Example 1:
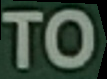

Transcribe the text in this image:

TO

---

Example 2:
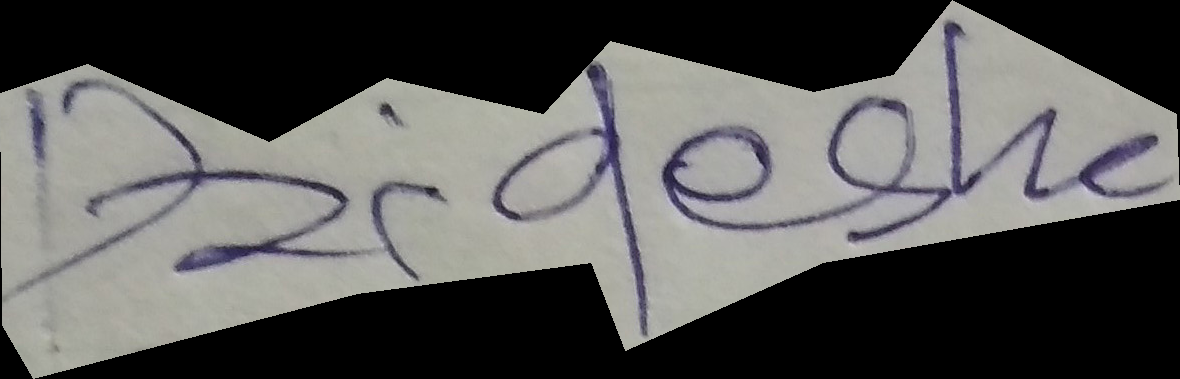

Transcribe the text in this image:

Bideshi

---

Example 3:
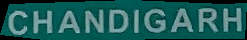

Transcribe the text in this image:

CHANDIGARH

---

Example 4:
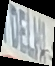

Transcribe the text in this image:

DELHA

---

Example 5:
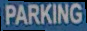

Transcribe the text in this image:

PARKING